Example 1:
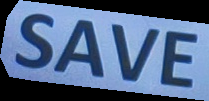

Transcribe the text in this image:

SAVE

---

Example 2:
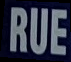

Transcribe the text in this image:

RUE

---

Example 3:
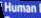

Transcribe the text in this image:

Human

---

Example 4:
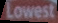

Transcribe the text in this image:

Lowest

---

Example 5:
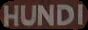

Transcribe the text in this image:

HUNDI